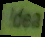
Idea